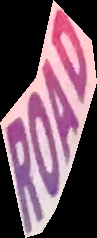
ROAD